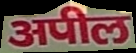
अपील